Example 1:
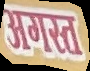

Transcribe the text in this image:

अगस्त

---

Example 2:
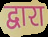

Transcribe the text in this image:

द्वारा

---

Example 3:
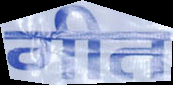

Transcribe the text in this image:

गीत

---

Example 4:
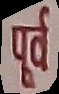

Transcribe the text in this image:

पूर्व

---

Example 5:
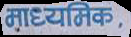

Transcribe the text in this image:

माध्यमिक,